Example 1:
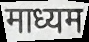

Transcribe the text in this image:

माध्यम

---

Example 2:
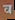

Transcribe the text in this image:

व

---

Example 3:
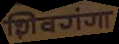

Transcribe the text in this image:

शिवरांगा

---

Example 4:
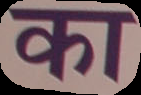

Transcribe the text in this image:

का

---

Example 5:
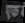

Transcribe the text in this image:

एकां